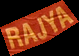
RAJYA